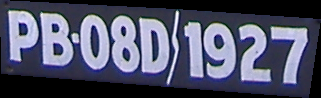
PB-08D/1927